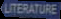
LITERATURE